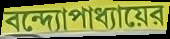
বন্দ্যোপাধ্যায়ের